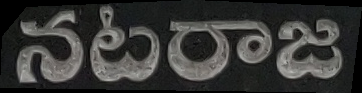
నటరాజ